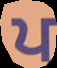
ਪ